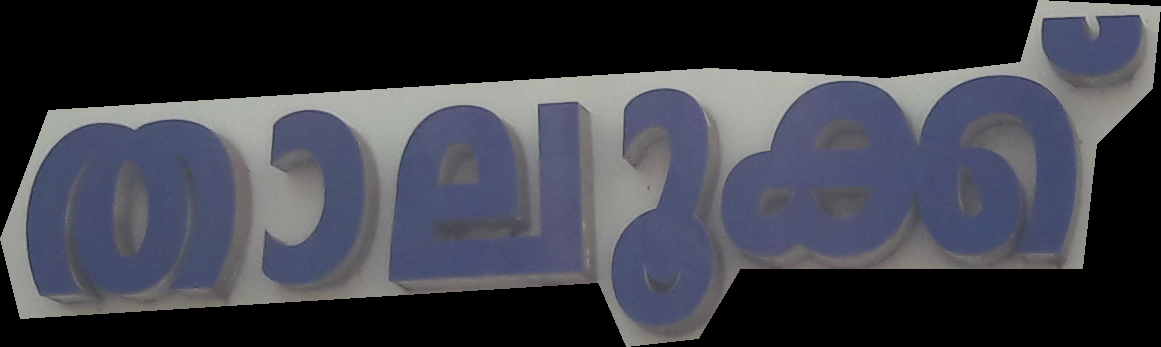
താലൂക്ക്